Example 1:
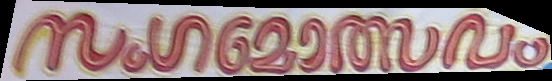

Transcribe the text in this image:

സംഗമോത്സവം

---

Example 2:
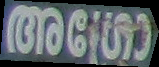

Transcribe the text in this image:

അഗ്രോ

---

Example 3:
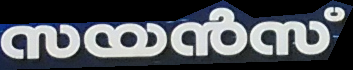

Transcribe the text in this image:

സയൻസ്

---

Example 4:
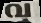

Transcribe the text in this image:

വ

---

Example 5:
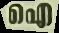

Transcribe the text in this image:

ഐ